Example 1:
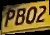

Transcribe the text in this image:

PB02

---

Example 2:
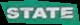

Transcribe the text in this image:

STATE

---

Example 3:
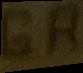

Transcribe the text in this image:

GR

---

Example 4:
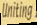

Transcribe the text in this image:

Uniting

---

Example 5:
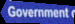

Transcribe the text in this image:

Government